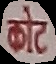
कोट